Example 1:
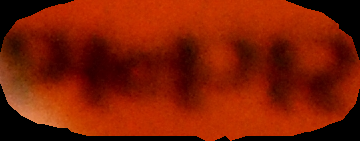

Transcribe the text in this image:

મનગર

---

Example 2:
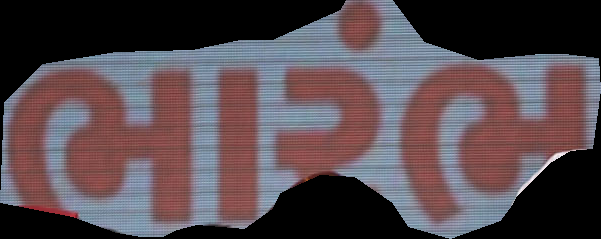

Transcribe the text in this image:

ભારંભ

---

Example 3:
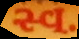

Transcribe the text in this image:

સ્વ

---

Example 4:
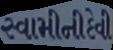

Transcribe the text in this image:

સ્વામીનીદેવી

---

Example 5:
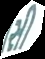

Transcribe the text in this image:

સી